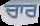
ਰਾਰ